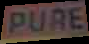
PURE